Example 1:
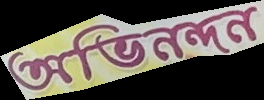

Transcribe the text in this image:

অভিনন্দন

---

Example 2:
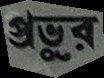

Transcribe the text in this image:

প্রভুর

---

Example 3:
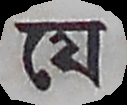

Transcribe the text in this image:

যে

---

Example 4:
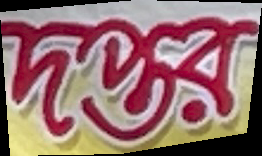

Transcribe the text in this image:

দপ্তর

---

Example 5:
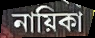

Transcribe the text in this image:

নায়িকা